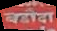
बडौदा